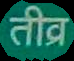
तीव्र